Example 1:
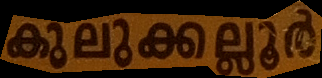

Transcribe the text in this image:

കുലുക്കല്ലൂർ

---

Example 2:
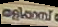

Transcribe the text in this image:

തളിപ്പറമ്പ്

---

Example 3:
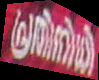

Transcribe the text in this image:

പ്രതിനിധി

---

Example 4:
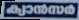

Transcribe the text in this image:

ക്വാൻസർ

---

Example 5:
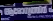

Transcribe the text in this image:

ആരോഗ്യത്തിൻ